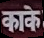
काके